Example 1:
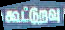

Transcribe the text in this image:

கூட்டுறவு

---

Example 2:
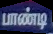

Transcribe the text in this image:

பாண்டி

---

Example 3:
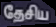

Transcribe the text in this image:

தேசிய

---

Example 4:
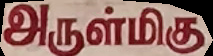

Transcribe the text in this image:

அ௫ள்மிகு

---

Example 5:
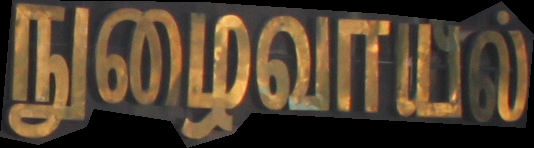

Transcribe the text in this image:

நுழைவாயில்